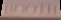
BOOTH